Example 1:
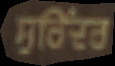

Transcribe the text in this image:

ਸਰਿਦਰ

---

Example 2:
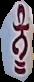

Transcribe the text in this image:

ਨੂੰ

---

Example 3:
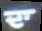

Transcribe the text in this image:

ਦਾ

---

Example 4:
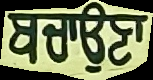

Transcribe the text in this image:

ਬਚਾਉਣਾ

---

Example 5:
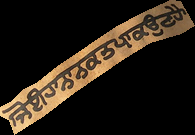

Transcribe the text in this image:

ਜੇਈਹਾਨਾਨਕਤਪਾਕਉਟਹਾੈ